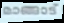
മാങ്ങാട്